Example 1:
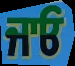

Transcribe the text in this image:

ਜਾਓ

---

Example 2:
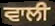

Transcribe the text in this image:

ਵਾਲੀ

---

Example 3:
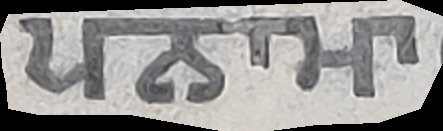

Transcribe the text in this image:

ਪਨਾਮਾ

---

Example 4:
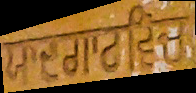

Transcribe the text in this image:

ਯਾਦਗਾਰਵਿਚ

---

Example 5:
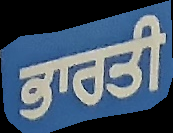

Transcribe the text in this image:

ਭਾਰਤੀ